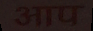
आप